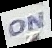
ON